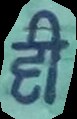
ਵੀ